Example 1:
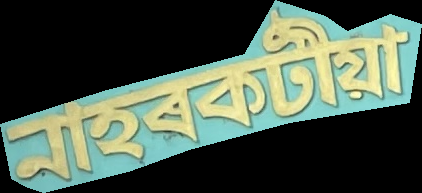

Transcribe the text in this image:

নাহৰকটীয়া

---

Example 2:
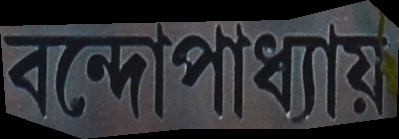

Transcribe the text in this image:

বন্দোপাধ্যায়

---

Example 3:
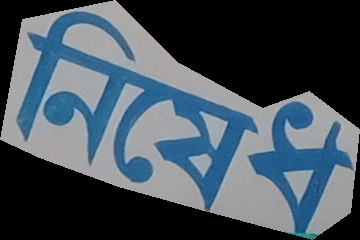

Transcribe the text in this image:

নিষেধ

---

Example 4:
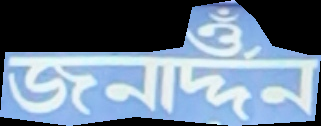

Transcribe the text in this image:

জনার্দ্দন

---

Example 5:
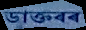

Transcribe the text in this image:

ডাক্তৰৰ